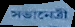
সভানেত্রী